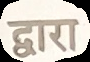
द्वारा